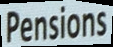
Pensions